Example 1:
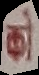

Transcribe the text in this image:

को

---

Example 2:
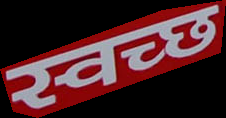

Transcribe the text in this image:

स्वच्छ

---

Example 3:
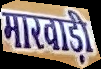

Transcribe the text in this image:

मारवाड़ी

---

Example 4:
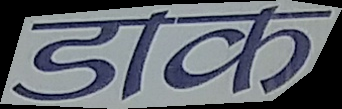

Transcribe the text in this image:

डाक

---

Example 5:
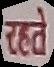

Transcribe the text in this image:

रहते